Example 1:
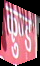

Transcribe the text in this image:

कुण्ड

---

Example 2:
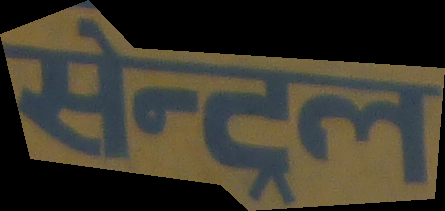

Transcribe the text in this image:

सेन्ट्रल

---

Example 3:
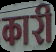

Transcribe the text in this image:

कारी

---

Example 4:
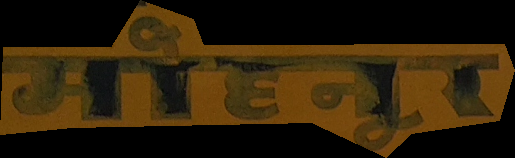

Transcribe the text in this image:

मोहनूर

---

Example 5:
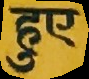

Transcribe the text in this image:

हुए